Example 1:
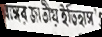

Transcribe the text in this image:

এসের জাতীয় ইতিহাস'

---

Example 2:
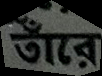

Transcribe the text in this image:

তাঁরে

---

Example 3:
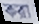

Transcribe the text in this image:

করা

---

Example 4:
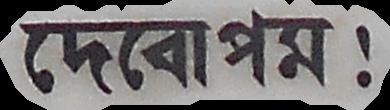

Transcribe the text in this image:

দেবোগম !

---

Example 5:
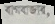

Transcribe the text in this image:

বাগবাজার